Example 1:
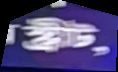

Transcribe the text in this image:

স্ট্রীট,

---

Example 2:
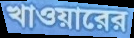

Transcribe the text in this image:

খাওয়ারের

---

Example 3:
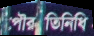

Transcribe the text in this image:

পীর তিনিধি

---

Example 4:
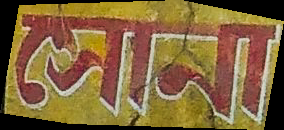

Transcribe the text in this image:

সোনা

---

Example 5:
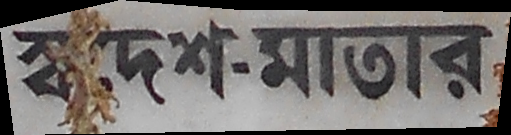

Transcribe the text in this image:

দশ-মাতার